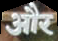
और